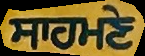
ਸਾਹਮਣੇ